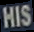
HIS